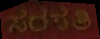
ಸರಸತಿ